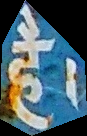
है।